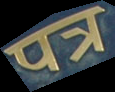
पत्र